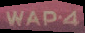
WAP-4